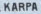
KARPA